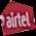
airtel